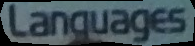
Languages